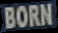
BORN